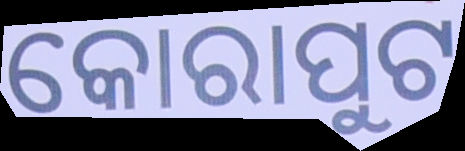
କୋରାପୁଟ